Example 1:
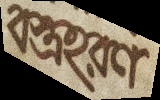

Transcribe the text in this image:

থস্ত্রহরণ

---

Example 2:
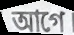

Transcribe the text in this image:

আগে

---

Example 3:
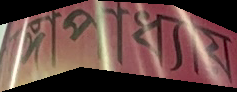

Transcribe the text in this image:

গঙ্গোপাধ্যায়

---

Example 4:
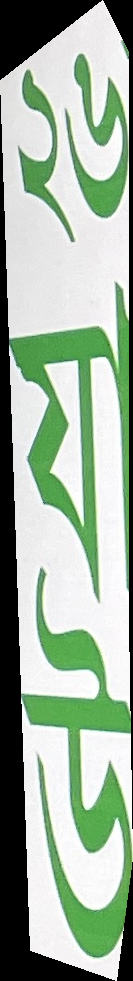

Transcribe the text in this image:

২৬ ঘাউ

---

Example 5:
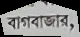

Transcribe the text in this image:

বাগবাজার